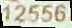
12556